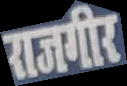
राजगीर